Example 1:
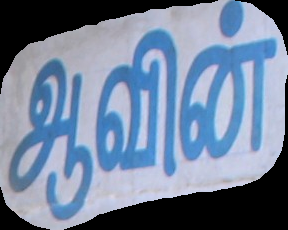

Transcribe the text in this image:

ஆவின்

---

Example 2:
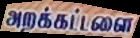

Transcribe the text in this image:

அறக்கட்டளை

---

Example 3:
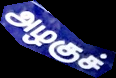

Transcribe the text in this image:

அழகுச்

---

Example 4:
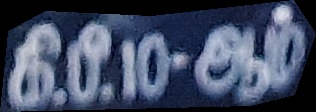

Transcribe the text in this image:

கி.பி.10-ஆம்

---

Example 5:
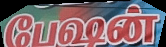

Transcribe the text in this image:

பேஷன்